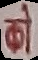
को